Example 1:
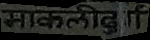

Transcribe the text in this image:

माकलीदुर्गा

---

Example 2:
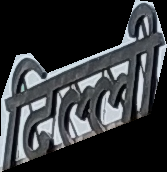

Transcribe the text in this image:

दिल्ली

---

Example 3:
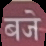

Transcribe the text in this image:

बजे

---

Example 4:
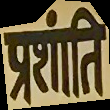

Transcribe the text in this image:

प्रशांति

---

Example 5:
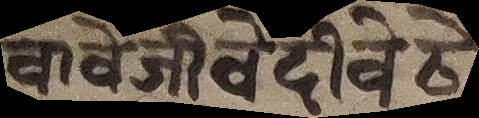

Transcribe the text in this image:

वावेजीवेदीवेठे